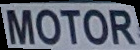
MOTOR